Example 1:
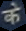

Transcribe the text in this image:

के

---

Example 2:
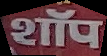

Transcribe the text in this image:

शॉप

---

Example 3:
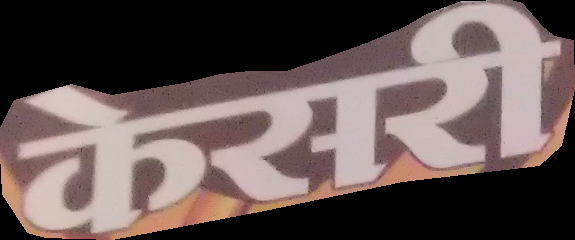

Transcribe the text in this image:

केसरी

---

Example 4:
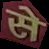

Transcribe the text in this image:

से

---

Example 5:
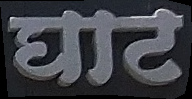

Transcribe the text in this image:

घाट